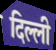
दिल्ली